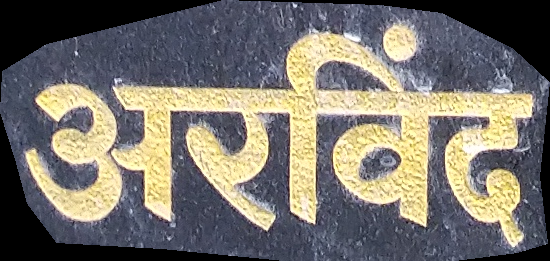
अरविंद